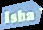
Isha